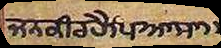
ਜਨਕੀਰਹੈਪਿਆਸਾ